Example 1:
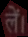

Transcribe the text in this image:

लें।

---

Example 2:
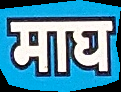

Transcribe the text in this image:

माघ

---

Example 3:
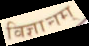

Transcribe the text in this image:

विज्ञानम्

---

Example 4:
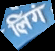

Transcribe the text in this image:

लिंग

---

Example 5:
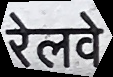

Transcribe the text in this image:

रेलवे